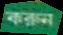
করুন